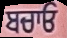
ਬਚਾਓ